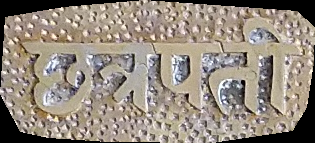
छत्रपती